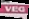
VEG